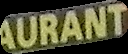
AURANT